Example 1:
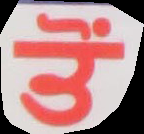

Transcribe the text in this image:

ਤੇਂ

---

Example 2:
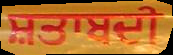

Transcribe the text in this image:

ਸ਼ਤਾਬਦੀ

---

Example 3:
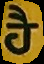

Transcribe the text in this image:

ਹੈ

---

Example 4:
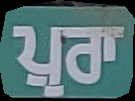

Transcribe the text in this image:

ਪੁਰਾ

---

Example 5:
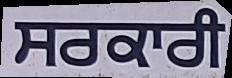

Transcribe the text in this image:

ਸਰਕਾਰੀ